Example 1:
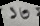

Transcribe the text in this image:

১৩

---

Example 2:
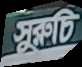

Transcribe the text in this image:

সুরুচি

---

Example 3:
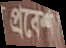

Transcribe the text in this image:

প্রবেশ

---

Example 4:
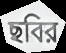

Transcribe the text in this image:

ছবির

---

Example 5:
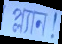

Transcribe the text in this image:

প্ল্যান !